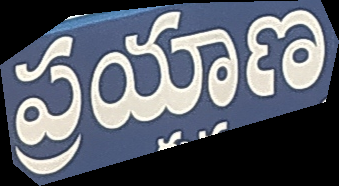
ప్రయాణ